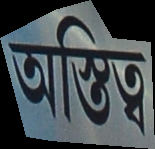
অস্তিত্ব